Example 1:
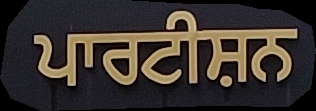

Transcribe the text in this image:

ਪਾਰਟੀਸ਼ਨ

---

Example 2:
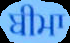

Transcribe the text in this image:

ਬੀਮਾ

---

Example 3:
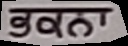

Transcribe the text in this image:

ਭਕਨਾ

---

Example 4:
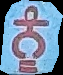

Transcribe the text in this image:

ਨੂੰ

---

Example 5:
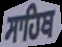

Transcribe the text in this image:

ਸਾਹਿਥ